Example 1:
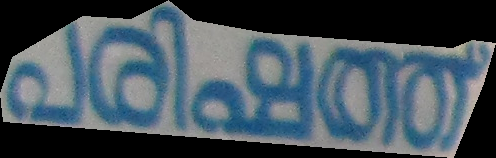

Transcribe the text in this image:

പരിഷത്ത്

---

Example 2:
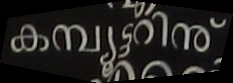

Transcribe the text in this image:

കമ്പ്യൂറിനു്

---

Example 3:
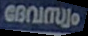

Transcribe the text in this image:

ദേവസ്വം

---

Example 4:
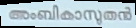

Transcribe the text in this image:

അംബികാസൂതൻ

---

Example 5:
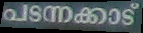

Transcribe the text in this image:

പടന്നക്കാട്